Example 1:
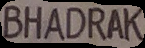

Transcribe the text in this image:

BHADRAK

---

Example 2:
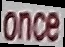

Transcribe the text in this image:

once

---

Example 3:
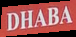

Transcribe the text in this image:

DHABA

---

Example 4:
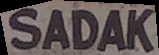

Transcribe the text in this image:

SADAK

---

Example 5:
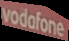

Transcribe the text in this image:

vodafone